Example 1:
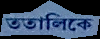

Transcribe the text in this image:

ততালিকে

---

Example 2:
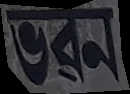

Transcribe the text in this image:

ভৱন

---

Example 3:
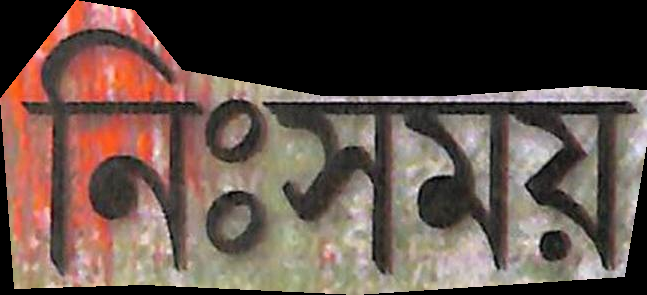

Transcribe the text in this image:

নিঃসময়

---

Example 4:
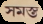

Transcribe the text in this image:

সমস্ত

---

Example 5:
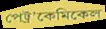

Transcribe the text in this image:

পেট্ৰ'কেমিকেল